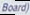
Board)